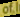
of.l